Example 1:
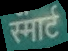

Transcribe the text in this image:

स्मार्ट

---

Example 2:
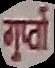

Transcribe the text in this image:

गुप्तों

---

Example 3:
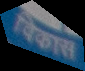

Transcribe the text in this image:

विकास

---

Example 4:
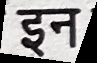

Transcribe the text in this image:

इन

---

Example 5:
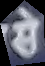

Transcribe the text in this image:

से